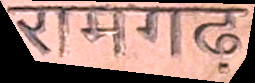
रामगढ़